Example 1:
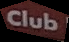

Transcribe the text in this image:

Club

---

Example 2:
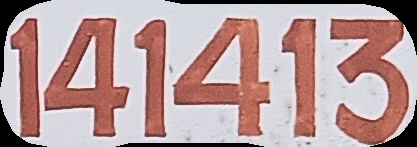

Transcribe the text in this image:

141413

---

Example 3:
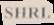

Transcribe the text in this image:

SHRI.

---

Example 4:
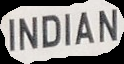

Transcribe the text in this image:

INDIAN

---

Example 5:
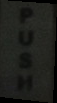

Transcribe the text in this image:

PUSH